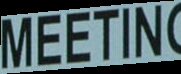
MEETIN